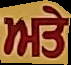
ਅਤੇ